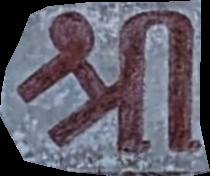
શ્રી